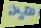
స్వామి